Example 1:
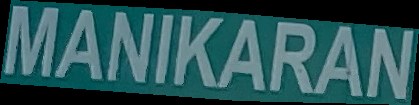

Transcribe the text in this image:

MANIKARAN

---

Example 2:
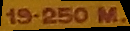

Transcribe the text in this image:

19-250M.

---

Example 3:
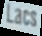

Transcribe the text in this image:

Lacs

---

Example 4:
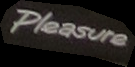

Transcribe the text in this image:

Pleasure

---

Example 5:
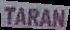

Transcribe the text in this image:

TARAN